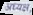
अध्यक्ष,